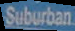
Suburban